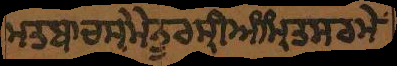
ਮਤਬਾਚਸ੍ਮੇਨੂਰਸੀ੍ਅੰਮਿ੍ਤਸਰਮੇਂ